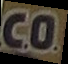
CO